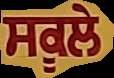
ਸਕੂਲੇ